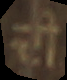
ਦੀ